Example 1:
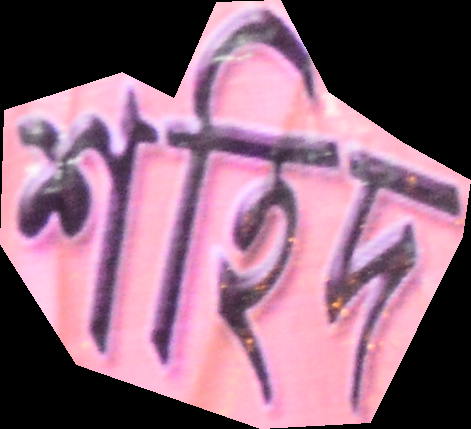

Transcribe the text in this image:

শহিদ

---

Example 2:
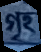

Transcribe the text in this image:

গৃহ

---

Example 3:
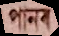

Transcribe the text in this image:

পানৰ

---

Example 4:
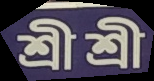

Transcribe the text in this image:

শ্ৰীশ্ৰী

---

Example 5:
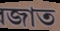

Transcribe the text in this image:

বজাত